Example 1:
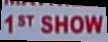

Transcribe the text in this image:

1STSHOW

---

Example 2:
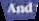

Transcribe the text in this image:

And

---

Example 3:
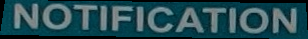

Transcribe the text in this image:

NOTIFICATION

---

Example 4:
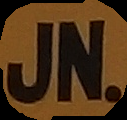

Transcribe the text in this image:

JN.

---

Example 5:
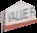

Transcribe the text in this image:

VALUE